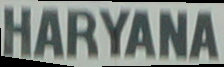
HARYANA